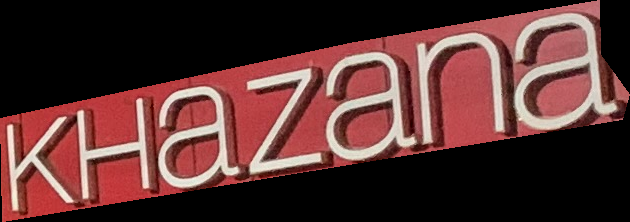
KHazana